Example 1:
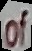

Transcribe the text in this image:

of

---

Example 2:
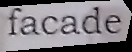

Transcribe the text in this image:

facade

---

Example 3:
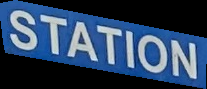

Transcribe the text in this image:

STATION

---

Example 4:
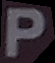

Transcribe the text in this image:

P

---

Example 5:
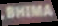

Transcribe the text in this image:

BHIMA